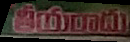
తీయరామ